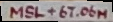
MSL+67.06M